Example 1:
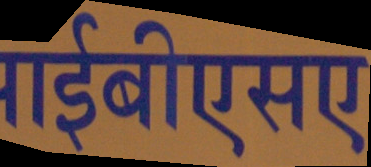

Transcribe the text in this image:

ईबीएसए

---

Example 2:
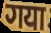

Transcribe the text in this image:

गया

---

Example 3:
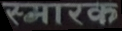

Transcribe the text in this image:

स्मारक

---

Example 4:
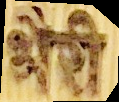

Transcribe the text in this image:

भैरी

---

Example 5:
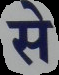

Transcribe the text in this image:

से